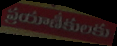
ప్రయాణీకులకు